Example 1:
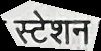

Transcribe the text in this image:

स्टेशन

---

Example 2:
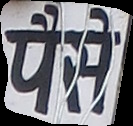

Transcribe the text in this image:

पैसे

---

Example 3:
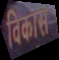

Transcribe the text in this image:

विकास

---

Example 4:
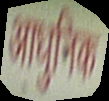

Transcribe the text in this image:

आधुनिक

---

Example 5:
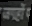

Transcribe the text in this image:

जगहों